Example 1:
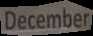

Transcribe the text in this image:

December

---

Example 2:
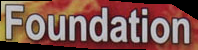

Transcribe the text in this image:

Foundation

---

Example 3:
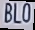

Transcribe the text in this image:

BLO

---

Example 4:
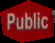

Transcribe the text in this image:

Public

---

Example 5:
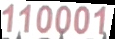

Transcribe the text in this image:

110001